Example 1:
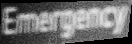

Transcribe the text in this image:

Emergency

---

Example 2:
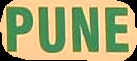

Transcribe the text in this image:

PUNE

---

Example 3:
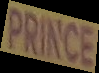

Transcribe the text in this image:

PRINCE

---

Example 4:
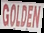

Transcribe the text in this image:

GOLDEN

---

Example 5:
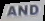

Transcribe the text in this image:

AND